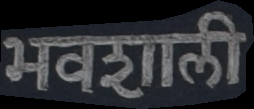
भवशाली